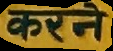
करने